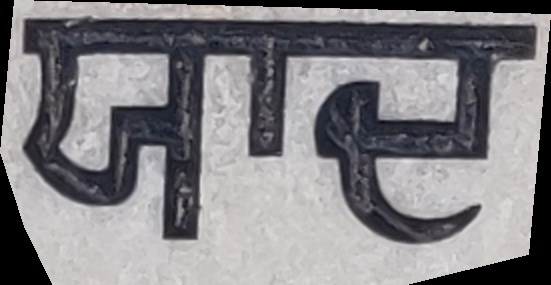
ਯਾਦ